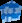
बँक